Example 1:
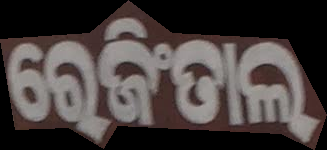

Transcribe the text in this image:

ରେଜିତାଲ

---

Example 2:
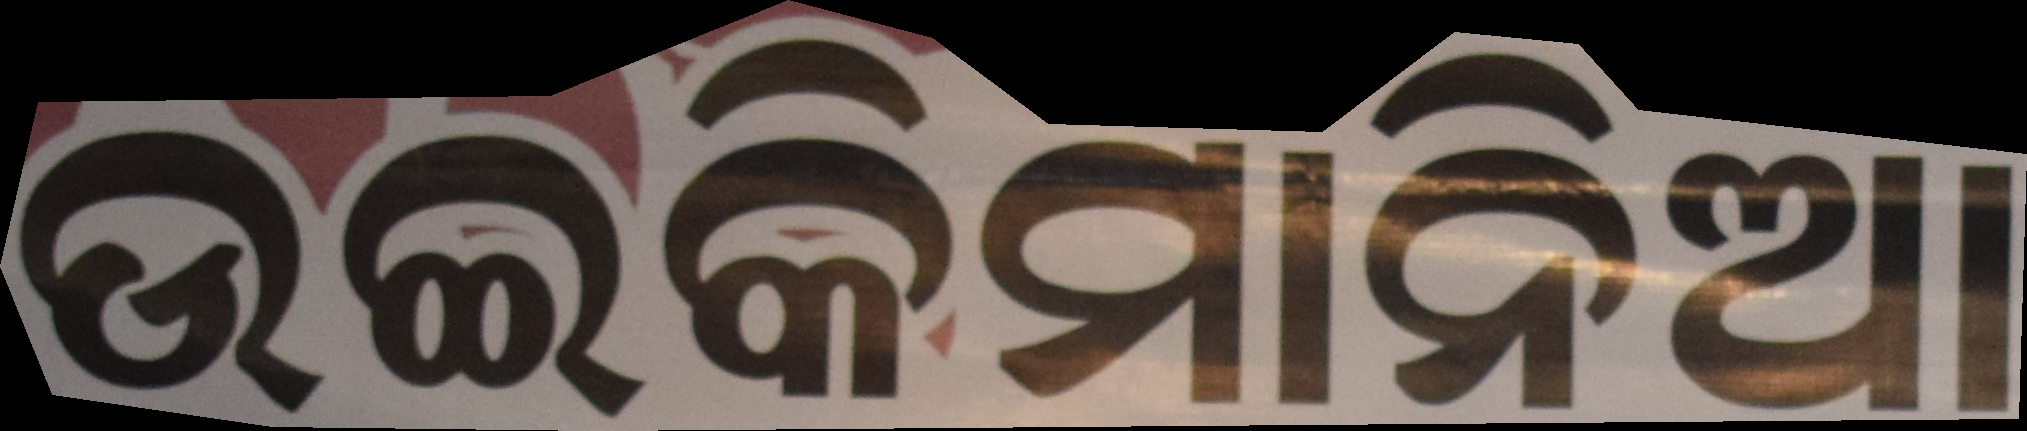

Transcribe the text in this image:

ଉଇକିମାନିଆ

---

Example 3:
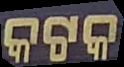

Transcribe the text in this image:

କଟକ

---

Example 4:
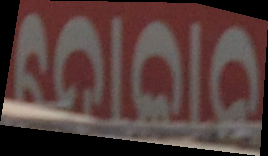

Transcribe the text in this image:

ଦୋକାନ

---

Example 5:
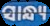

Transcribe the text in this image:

ସାନ୍ଧ୍ୟ